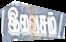
இலவசம்